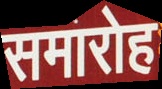
समारोह